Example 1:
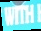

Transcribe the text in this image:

WITH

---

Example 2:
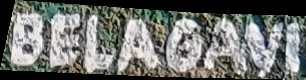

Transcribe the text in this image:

BELAGAVI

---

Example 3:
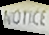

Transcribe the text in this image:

NOTICE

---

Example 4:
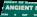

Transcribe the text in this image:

ANCIENT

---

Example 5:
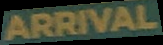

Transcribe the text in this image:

ARRIVAL